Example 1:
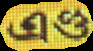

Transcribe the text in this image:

এণ্ড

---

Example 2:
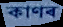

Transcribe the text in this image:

কাণৰ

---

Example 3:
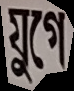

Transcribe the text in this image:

যুগে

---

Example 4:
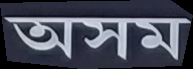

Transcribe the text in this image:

অসম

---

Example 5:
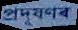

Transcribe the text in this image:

প্ৰদূষণৰ